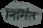
निर्मित